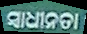
ସାଧୀନତା